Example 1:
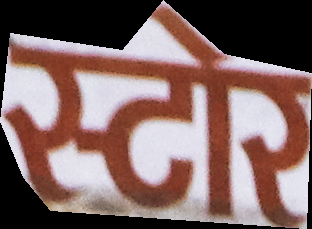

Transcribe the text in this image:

स्टोर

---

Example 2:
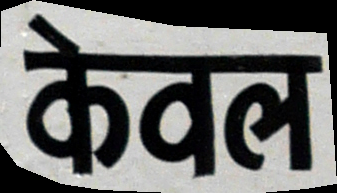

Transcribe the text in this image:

केवल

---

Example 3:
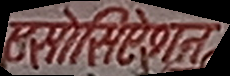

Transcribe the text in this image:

एसोसिऐशन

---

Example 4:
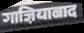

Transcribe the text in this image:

गाज़ियाबाद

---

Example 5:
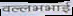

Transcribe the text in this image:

वल्लभभाई